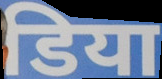
डिया